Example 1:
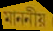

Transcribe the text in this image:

মাননীয়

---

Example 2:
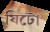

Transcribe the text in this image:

যিটো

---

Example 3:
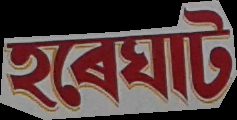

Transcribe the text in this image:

হৰেঘাট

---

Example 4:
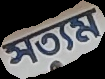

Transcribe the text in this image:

সত্যম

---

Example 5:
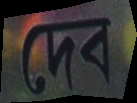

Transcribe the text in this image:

দেব